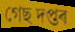
গেছ দপ্তব